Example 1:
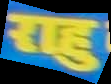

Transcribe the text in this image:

शहु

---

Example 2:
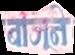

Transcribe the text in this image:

बाजूने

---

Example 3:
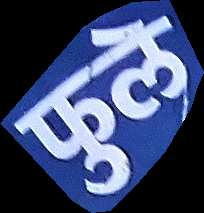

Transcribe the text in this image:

फुले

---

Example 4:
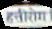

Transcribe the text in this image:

हत्तीरोग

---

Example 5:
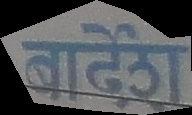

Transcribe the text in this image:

बार्देश